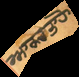
ਆਕਚਤਾਹੇ'